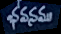
భవనము